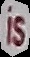
is